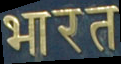
भारत